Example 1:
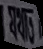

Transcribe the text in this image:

যখাত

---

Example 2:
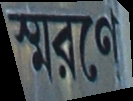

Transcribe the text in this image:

স্মরণে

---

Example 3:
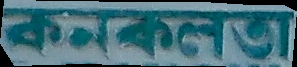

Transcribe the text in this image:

কনকলতা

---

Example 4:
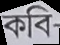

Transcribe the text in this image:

কবি-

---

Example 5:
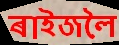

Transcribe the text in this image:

ৰাইজলৈ